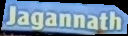
Jagannath